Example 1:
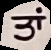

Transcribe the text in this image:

ਤਾਂ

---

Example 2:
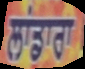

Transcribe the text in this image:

ਲਾਂਡਾਰਾ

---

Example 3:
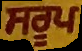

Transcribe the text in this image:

ਸਰੂਪ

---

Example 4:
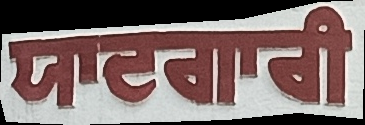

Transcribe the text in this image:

ਯਾਦਗਾਰੀ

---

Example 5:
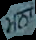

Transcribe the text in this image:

ਮਨਾ